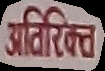
अतिरिक्‍त